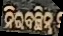
ନିରବଚ୍ଛିନ୍ନ